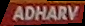
ADHARV